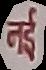
नई